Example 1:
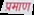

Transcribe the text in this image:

प्रमाण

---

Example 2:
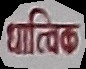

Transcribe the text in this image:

धात्विक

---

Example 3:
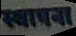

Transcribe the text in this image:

स्थापना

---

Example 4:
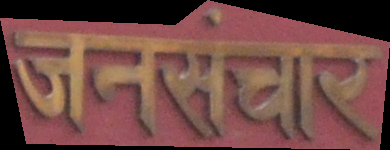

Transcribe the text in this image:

जनसंचार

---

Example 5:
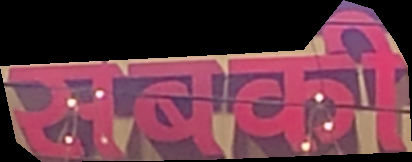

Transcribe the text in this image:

सबकी